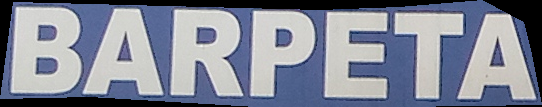
BARPETA